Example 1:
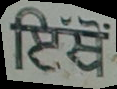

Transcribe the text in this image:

ਇੱਥੋਂ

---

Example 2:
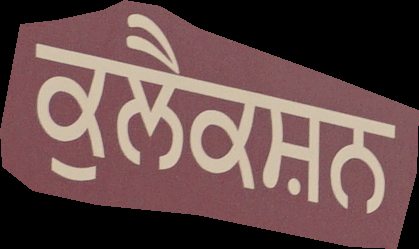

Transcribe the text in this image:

ਕੁਲੈਕਸ਼ਨ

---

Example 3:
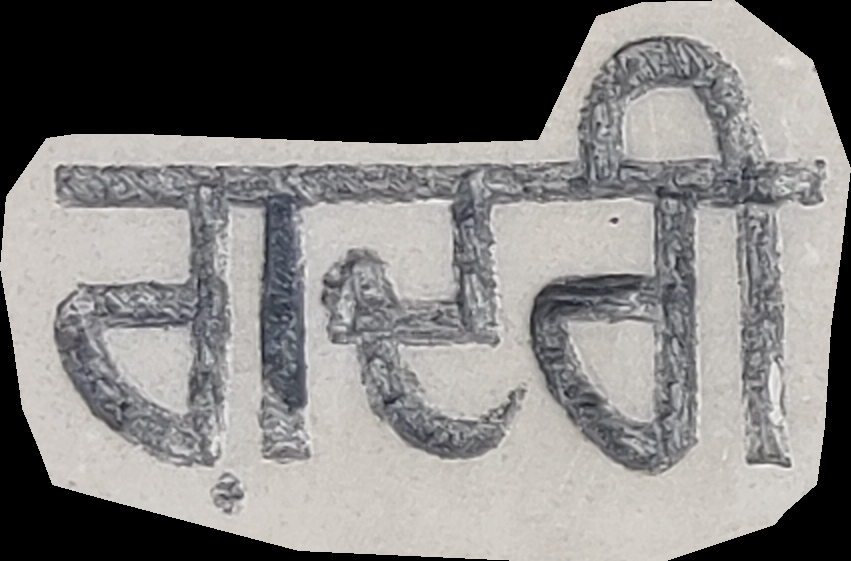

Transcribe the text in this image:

ਗ਼ਦਰੀ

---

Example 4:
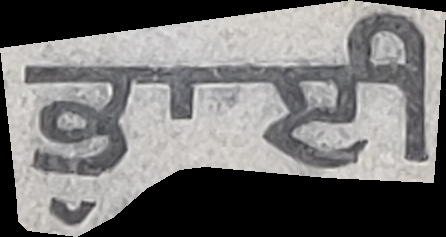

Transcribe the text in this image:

ਭਾਈ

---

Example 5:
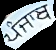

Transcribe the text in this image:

ਪੰਜਾਬ